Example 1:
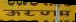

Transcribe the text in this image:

ऊरणम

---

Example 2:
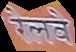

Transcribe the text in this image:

रेलवे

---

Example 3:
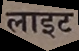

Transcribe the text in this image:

लाइट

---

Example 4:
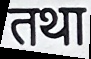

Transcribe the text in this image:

तथा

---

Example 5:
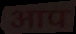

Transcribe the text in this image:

आप